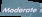
Moderate